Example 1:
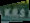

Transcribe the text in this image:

KAS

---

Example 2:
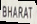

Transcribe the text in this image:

BHARAT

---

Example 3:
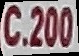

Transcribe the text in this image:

C.200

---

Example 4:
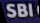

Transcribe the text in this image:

SBI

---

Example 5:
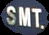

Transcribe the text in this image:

SMT.